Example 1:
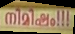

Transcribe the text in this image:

നിമിഷം!!!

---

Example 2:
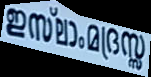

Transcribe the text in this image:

ഇസ്‌ലാം മദ്രസ്സ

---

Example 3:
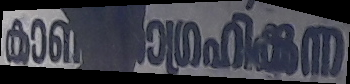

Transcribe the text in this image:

കാണാഗ്രഹിക്കുന്ന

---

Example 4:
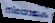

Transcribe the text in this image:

നിയോജക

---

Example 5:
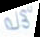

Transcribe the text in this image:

പട്ട്